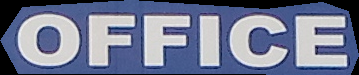
OFFICE